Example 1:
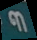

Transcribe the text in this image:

୩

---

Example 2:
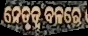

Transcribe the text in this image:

ନେତୃତ୍ବ ବଳରେ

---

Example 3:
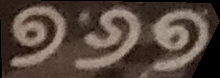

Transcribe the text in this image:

୭୬୭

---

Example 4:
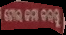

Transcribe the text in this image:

ଟୋଲ ଜମା କରନ୍ତୁ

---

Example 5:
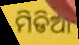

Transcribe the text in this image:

ମିଡିଆ